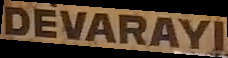
DEVARAYI